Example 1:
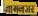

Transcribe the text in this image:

જ્ઞામનગર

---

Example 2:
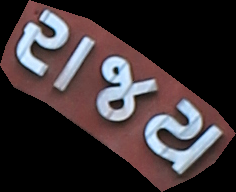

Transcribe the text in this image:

રાજય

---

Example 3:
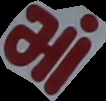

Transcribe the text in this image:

માં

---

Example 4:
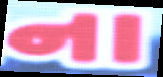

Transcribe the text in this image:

ના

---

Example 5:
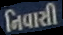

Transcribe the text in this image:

નિવાસી